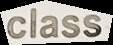
class